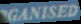
GANISED